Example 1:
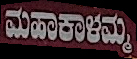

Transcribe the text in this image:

ಮಹಾಕಾಳಮ್ಮ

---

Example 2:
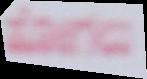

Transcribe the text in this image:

ಹೋಗಲು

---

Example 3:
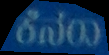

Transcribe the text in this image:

ಕೆನರಾ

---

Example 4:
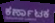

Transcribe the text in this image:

ಕರ್ಣಾಟಕ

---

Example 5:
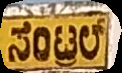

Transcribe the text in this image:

ಸೆಂಟ್ರಲ್